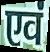
एवं